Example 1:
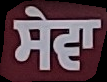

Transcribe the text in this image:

ਸੇਵਾ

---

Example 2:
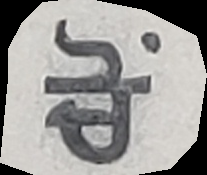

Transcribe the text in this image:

ਚੋਂ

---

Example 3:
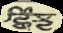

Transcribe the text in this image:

ਛਿੰਝ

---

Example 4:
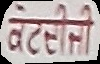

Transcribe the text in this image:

ਕੇਟਦੀਜੀ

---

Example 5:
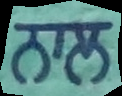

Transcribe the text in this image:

ਨਾਲ